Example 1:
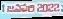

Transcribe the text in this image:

1 జనవరి 2022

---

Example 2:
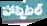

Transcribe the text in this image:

హాస్పిటల్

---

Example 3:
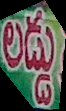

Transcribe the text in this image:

లడ్డు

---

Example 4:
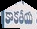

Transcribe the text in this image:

కాకతియ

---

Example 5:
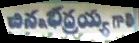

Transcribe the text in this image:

చిన్న తద్రయ్య గారి